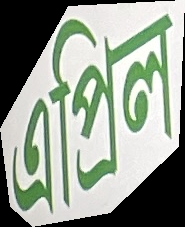
এপ্রিল